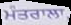
ਮੰਤਰਾਲਾ